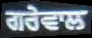
ਗਰੇਵਾਲ